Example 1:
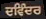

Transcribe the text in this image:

ਦਵਿੰਦਰ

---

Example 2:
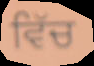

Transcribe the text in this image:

ਵਿੱਚ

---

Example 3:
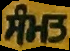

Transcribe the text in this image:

ਸੰਸਤ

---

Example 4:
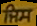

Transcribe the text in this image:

ਜਿਸ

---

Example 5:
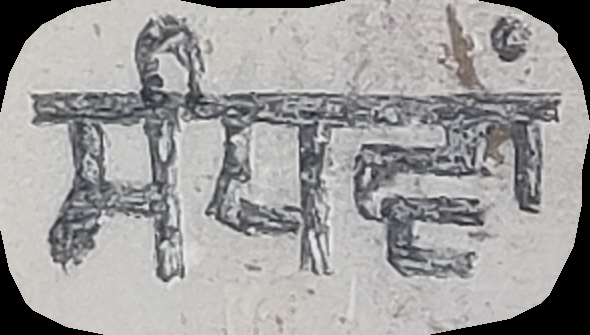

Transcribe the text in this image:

ਸੰਧਵਾਂ